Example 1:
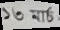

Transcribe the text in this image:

১৩মার্চ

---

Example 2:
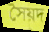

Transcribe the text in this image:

সৈয়দ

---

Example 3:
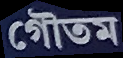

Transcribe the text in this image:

গৌতম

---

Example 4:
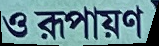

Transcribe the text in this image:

ওরূপায়ণ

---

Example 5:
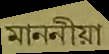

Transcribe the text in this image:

মাননীয়া